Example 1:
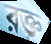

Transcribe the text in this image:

রক্ত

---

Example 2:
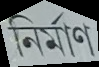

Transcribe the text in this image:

নির্মাণ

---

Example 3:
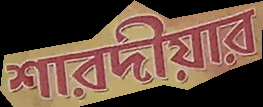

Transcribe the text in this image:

শারদীয়ার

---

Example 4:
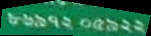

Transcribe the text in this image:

৮৬৯৭২০৫৯২২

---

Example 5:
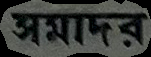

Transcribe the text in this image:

সমাদর